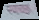
स्वच्छ